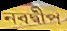
নবদ্বীপ